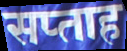
सप्‍ताह